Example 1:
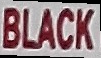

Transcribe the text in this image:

BLACK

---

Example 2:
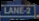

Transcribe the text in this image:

LANE-2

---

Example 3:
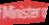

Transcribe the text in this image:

Minister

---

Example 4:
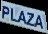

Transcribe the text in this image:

PLAZA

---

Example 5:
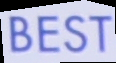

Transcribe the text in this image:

BEST